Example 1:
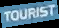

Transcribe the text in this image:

TOURIST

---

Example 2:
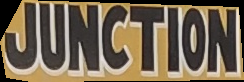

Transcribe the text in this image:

JUNCTION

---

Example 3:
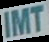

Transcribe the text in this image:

IMT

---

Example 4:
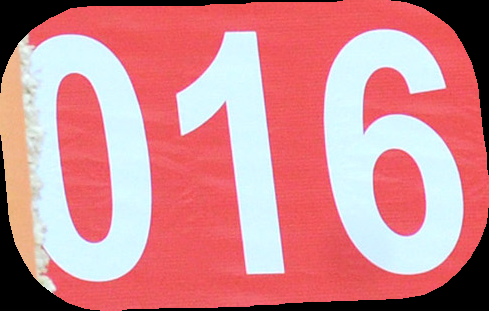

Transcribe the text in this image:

016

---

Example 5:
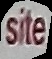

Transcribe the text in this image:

site